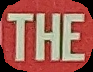
THE